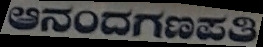
ಆನಂದಗಣಪತಿ